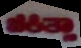
ಚಕಿತ್ಹ